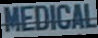
MEDICAL